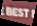
BEST